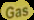
3ঃ1